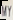
MY